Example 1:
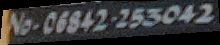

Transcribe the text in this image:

No.06842-253042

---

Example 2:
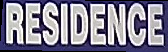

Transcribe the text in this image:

RESIDENCE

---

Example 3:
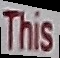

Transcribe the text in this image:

This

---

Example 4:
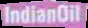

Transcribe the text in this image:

IndianOil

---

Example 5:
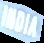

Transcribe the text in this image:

INDIA